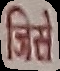
जिसे